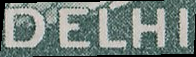
DELHI